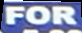
FOR